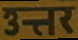
उत्तर